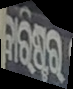
ବାରିଷ୍ଟର